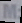
M: